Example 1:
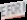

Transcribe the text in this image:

EFOR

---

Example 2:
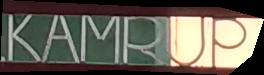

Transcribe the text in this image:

KAMRUP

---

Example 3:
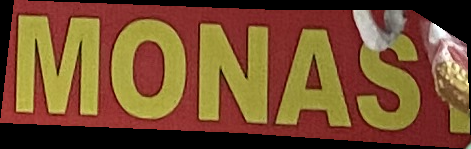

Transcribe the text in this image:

MONAS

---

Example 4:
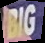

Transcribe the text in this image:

BIG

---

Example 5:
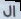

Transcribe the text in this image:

JI